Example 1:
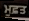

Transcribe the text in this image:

ਮੁਫ਼ਤ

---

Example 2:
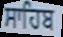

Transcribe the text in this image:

ਸਾਹਿਬ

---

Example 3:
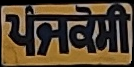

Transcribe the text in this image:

ਪਜਕੋਸੀ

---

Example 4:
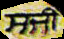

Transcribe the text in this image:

ਸਜੀ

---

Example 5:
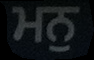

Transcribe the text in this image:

ਮਨੁ